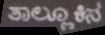
ತಾಲ್ಲೂಕಿನ